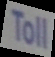
Toll